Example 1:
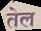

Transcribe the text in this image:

तेल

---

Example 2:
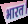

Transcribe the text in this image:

भारत।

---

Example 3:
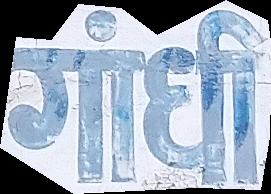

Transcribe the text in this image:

गांधी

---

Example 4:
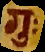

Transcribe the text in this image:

गुः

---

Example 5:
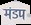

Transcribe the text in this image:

मंडप